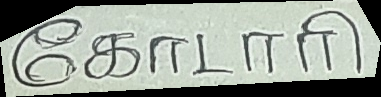
கோடாாி